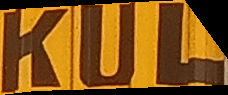
KUL